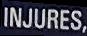
INJURES,